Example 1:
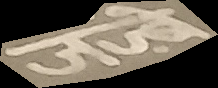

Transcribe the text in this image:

जज्बे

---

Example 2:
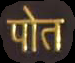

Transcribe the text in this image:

पोत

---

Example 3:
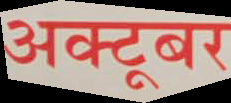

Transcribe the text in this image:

अक्टूबर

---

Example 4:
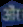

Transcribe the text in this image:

और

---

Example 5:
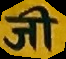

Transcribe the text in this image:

जी